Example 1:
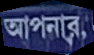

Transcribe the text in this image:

আপনার,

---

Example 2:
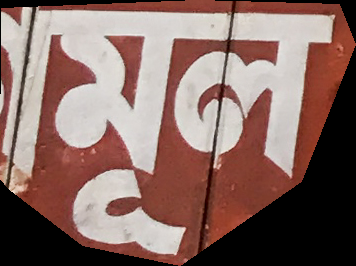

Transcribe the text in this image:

মূল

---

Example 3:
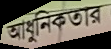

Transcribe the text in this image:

আধুনিকতার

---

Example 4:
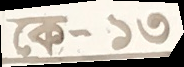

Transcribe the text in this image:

কে-১৩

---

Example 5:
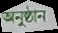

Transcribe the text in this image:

অনুষ্ঠান